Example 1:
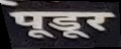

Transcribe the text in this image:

पूडूर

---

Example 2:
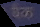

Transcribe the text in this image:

बैेक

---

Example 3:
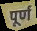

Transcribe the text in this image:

पू्र्ण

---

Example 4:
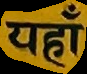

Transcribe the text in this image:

यहाँ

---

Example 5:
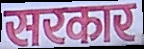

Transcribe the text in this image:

सरकार